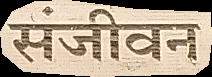
संजीवन